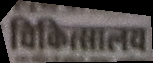
चिकित्सालय